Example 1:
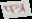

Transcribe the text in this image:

पत्र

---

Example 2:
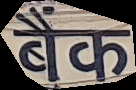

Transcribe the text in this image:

बैंक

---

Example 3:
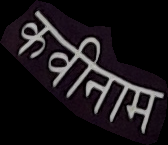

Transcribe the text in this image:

कवीनाम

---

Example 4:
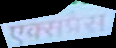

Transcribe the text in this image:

एक्सप्रेस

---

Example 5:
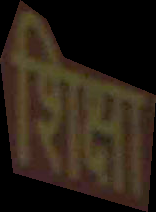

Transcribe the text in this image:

शिक्षा